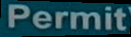
Permit